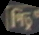
(পুত্র)